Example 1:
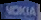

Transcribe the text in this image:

NOKIA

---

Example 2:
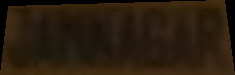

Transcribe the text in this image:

JANNAGAR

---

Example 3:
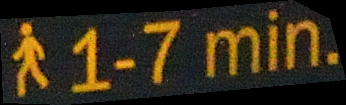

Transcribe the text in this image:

1-7 min.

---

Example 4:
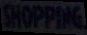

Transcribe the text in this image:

SHOPPING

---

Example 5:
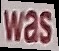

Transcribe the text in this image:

was